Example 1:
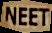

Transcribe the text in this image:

NEET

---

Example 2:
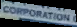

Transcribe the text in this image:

CORPORATION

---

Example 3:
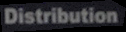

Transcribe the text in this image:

Distribution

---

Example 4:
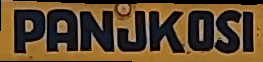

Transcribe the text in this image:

PANJKOSI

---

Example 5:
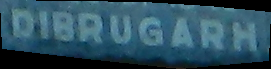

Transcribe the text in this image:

DIBRUGARH